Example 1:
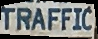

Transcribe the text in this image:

TRAFFIC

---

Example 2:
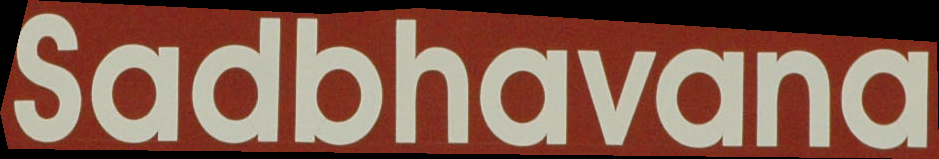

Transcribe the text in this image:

Sadbhavana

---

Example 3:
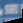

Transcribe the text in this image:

SRI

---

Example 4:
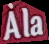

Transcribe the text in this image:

Ala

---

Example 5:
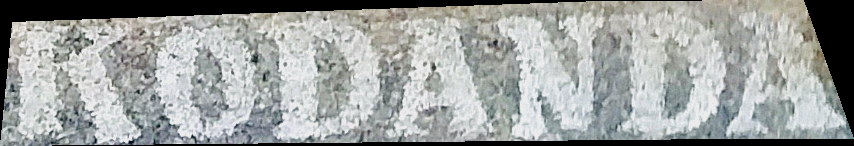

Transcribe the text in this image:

KODANDA